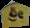
ಶ್ರೀ